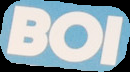
BOI